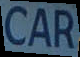
CAR